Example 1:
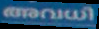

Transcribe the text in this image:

അവധി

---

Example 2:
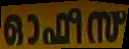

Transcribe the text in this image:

ഓഫീസ്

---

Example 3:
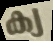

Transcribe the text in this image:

ക്യ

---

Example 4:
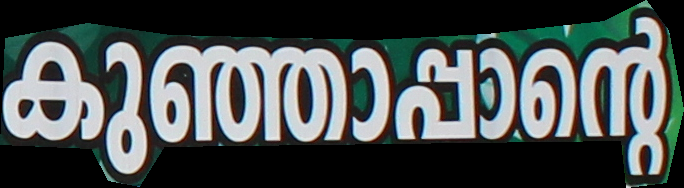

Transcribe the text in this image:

കുഞ്ഞാപ്പാൻ്റെ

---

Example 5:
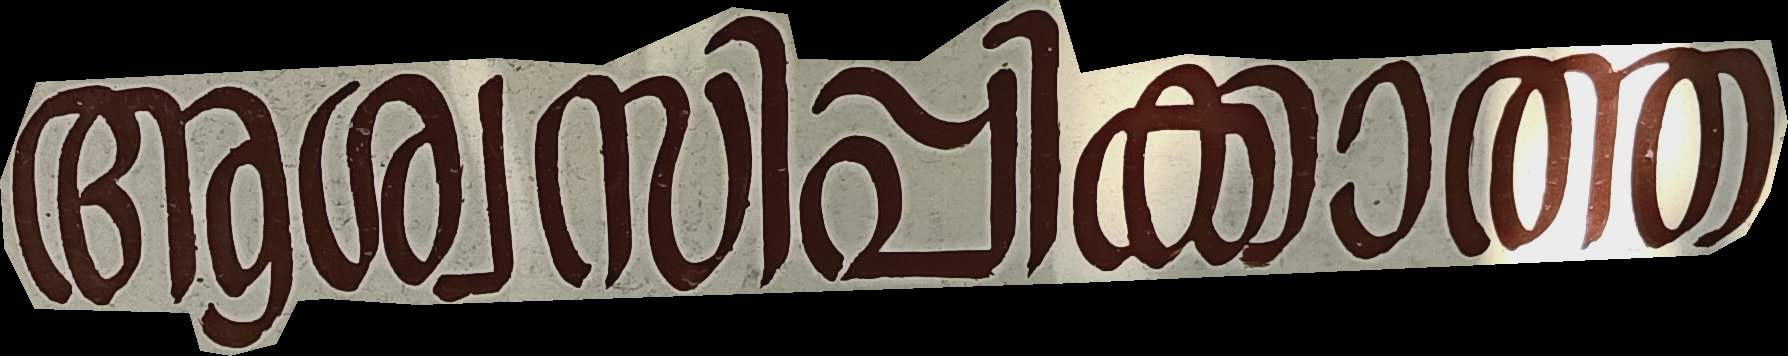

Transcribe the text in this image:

ആശ്വസിപ്പിക്കാത്ത